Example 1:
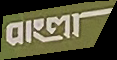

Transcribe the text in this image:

বাংলা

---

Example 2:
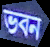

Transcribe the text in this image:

ভবন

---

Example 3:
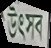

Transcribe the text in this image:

উৎসব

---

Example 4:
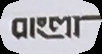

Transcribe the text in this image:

বাংলা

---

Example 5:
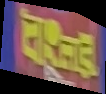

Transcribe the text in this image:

বাংলার